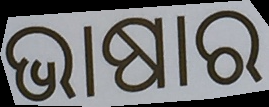
ଭାଷାର